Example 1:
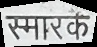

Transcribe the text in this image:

स्मारक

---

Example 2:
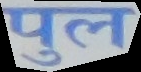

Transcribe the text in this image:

पुल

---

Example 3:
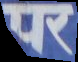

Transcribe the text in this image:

पर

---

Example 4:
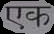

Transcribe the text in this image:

एक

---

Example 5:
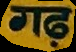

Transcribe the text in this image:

गढ़